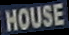
HOUSE